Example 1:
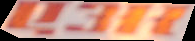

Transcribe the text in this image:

एअर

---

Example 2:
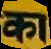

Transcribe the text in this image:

क।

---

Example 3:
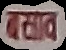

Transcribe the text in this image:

बसाव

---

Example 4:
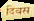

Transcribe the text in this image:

दिवस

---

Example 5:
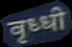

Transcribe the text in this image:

वृध्धी